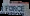
FORCE